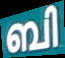
ബി